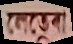
লেতেৰা